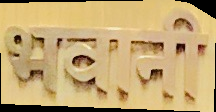
भवानी